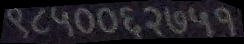
९८५००६२७५१